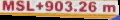
MSL+903.26m